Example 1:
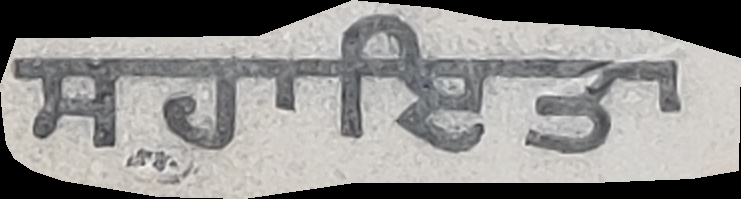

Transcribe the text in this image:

ਸਹਾਇਤਾ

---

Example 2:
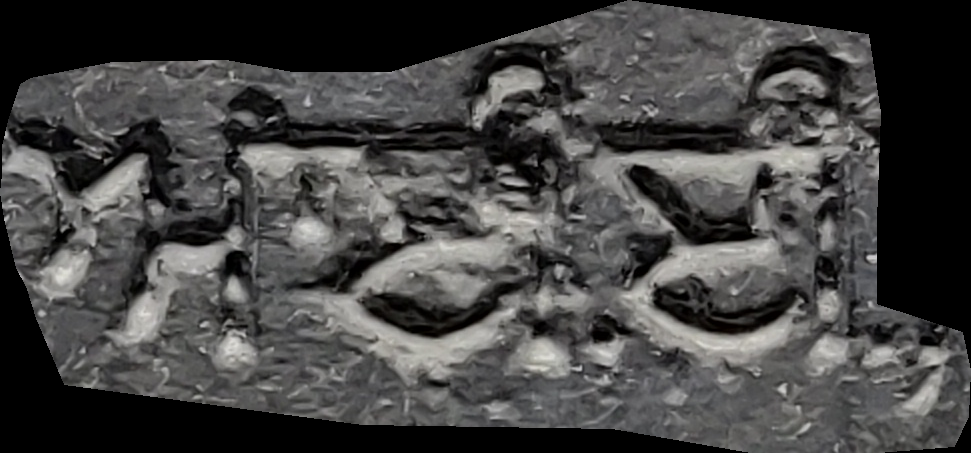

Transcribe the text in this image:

ਆਂਈਈ,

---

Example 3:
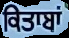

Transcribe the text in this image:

ਕਿਤਾਬਾਂ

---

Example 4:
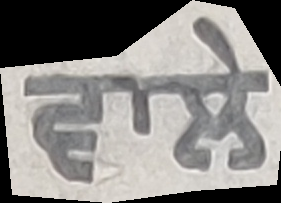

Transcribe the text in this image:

ਵਾਲੇ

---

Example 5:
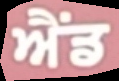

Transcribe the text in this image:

ਐਂਡ